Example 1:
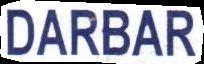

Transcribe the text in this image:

DARBAR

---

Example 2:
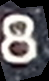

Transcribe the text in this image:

8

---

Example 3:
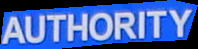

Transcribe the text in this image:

AUTHORITY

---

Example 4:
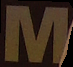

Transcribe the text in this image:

M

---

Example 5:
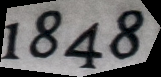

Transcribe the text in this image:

1848